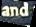
and